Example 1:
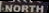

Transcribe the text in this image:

NORTH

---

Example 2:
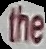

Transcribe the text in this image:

the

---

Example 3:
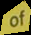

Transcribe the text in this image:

of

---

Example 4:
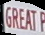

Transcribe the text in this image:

GREAT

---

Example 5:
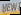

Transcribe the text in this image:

NEW